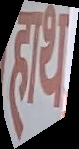
हाथ